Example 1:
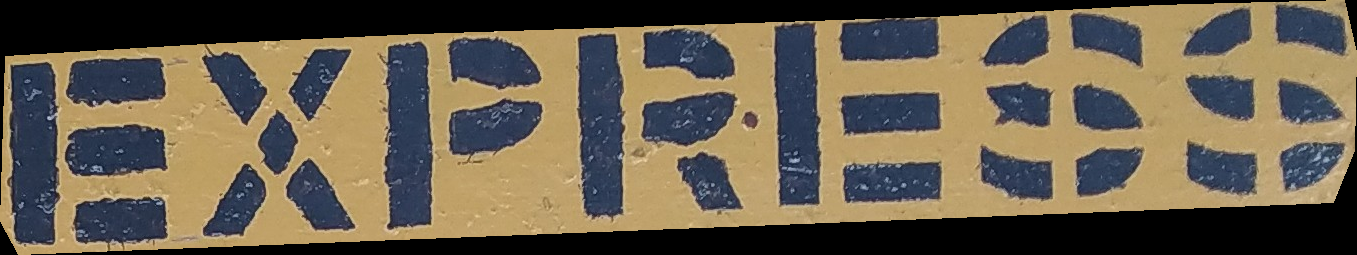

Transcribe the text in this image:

EXPRESS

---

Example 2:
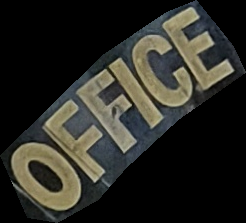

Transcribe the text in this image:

OFFICE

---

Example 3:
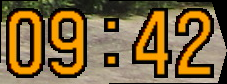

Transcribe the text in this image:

09:42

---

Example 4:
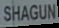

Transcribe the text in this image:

SHAGUN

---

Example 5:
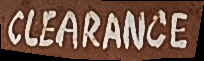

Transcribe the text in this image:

CLEARANCE